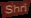
Shri